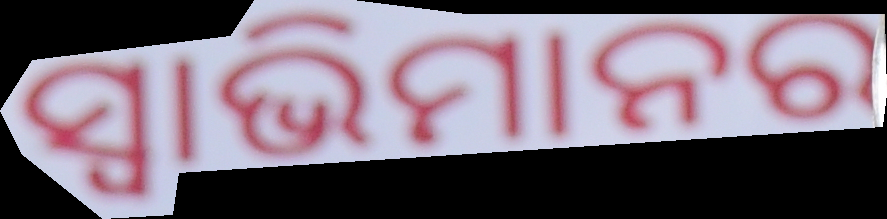
ସ୍ଵାଭିମାନର